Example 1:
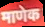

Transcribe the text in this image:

माणेक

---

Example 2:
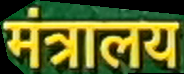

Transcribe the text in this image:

मंत्रालय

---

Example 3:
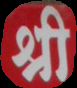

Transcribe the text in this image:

श्री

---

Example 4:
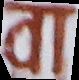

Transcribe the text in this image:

वा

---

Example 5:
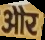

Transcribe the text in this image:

और